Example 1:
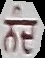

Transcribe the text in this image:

ਨੰਦ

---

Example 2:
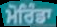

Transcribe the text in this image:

ਮੋਰਿੰਡਾ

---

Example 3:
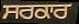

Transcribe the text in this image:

ਸਰਕਰ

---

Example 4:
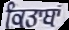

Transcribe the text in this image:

ਕਿਤਾਬਾਂ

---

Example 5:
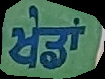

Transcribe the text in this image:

ਖੇਡਾਂ